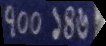
৭০০ ১৪৬